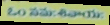
ఓం నమః శివాయ: